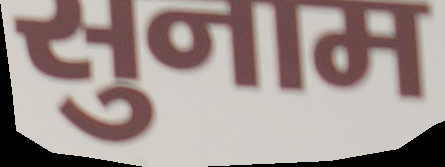
सुनाम